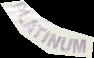
PLATINUM